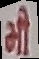
भी